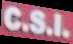
C.S.I.